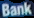
Bank